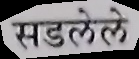
सडलेले